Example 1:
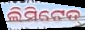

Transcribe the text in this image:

ଲିମିଟେତ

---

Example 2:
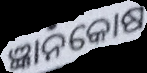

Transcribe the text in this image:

ଜ୍ଞାନକୋଷ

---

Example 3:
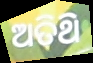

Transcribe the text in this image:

ଅତିଥି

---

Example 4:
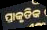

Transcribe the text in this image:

ପ୍ରାକୃତିକ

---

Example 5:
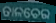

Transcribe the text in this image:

ତାଲଚେର୍